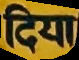
दिया